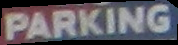
PARKING